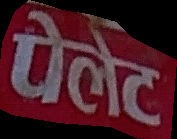
पेलेट